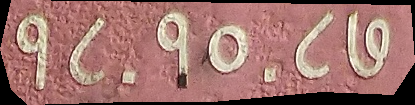
१८.१०.८७